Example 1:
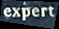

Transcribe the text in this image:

expert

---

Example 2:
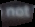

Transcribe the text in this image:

not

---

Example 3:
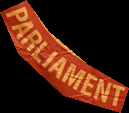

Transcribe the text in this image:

PARLIAMENT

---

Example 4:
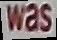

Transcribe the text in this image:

was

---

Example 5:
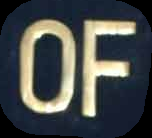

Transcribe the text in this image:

OF